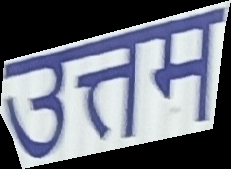
उत्तम